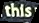
this